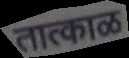
तात्काळ